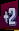
+2